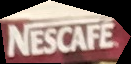
NESCAFE